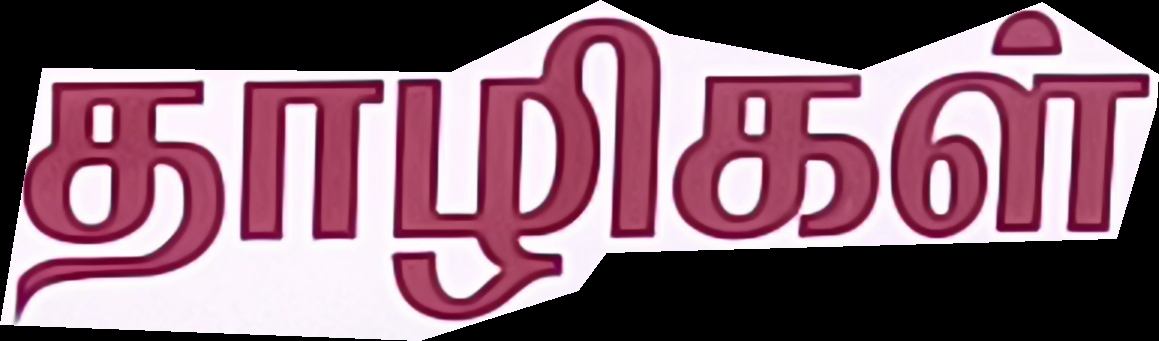
தாழிகள்